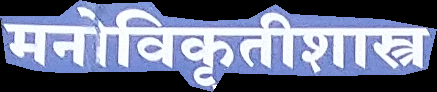
मनोविकृतीशास्त्र